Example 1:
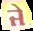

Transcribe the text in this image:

ਜੇ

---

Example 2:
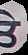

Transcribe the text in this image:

ਤੇ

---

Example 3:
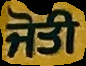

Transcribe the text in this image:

ਜੋਤੀ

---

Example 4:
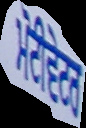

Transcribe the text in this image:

ਮੋਟੀਵੇਟਰ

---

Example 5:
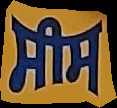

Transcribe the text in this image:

ਸੀਸ